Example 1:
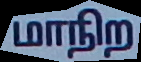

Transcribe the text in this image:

மாநிற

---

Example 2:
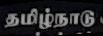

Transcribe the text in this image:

தமிழ்நாடு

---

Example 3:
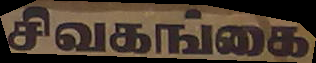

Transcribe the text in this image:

சிவகங்கை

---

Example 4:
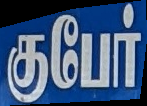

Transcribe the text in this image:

தபோ்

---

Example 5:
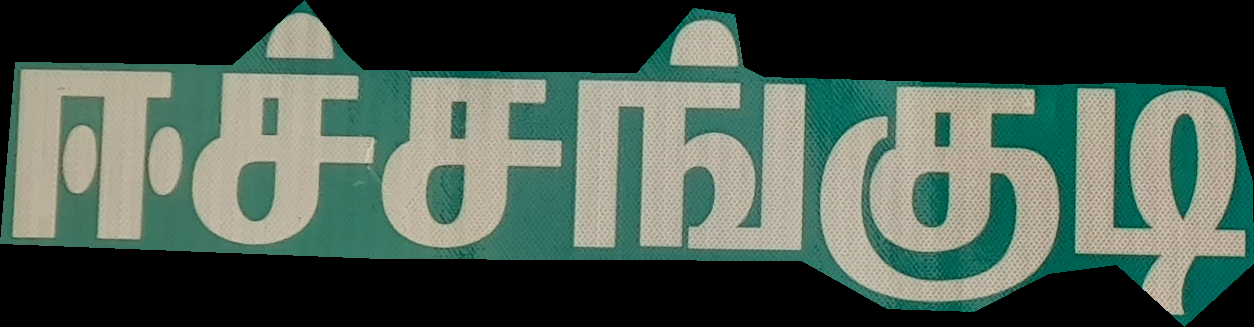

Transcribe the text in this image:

ஈச்சங்குடி